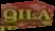
QILA